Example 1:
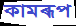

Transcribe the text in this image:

কামৰূপ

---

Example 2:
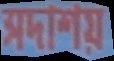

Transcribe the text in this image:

সদাশয়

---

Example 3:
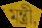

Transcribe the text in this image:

মন্ত্রী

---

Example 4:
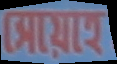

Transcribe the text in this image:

সেয়েহে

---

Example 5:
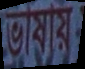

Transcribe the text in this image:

ভাষায়